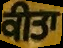
ਕੀਤਾ